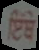
ਇੱਥੇ